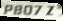
PB07 Z